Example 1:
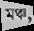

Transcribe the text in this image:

মঞ্চ,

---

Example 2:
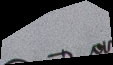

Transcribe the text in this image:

ই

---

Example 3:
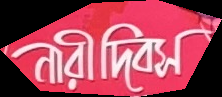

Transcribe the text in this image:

নারী দিবস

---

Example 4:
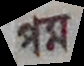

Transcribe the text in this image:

পম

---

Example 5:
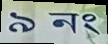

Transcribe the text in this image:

৯নং